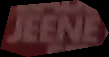
JEENE